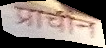
प्राचीन